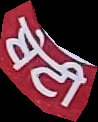
ਬੇਟੀ